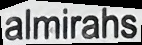
almirahs